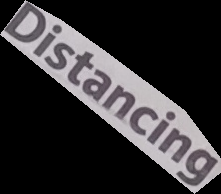
Distancing